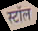
स्टॉल